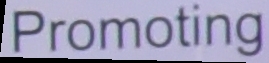
Promoting